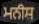
ਮਨੀਸ਼